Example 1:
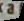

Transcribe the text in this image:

a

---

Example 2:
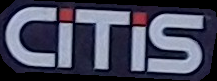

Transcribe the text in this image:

CiTiS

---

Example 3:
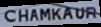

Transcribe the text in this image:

CHAMKAUR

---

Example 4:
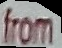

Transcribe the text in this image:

from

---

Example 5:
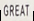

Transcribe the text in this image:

GREAT